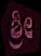
ಶ್ರೀ